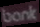
bank